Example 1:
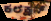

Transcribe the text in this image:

ಕಲೆಕ್ಷನ್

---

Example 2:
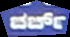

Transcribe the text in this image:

ಚಚ್೯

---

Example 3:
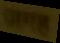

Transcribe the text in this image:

೦೯೯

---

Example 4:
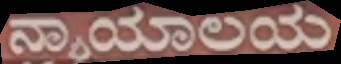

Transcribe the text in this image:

ನ್ಯಾಯಾಲಯ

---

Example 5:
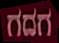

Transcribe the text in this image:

ಗದಗ